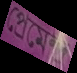
প্রেমে